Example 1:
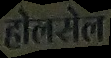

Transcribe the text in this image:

होलसेल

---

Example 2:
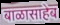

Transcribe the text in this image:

बाळासाहेब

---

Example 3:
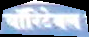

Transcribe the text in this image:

वॉरिटेबल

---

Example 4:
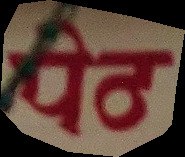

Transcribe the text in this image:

पेठ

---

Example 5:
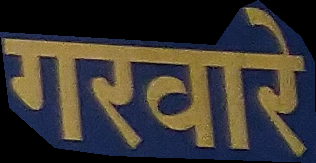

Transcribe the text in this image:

गरवारे